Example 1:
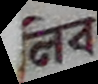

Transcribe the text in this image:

লিব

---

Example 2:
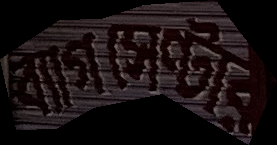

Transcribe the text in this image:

ব্যাগ সেন্টার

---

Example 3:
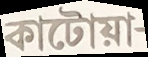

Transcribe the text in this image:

কাটোয়া-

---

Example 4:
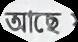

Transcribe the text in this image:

আছে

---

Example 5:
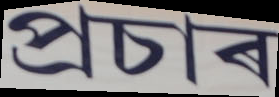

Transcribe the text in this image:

প্রচাৰ